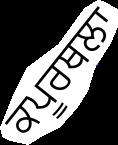
ਕਪੂਰਥਲਾ